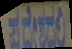
ಪದೇಶದಲಿ